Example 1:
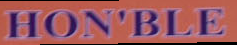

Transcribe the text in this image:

HON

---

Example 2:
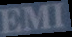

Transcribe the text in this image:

EMI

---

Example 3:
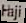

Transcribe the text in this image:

Haji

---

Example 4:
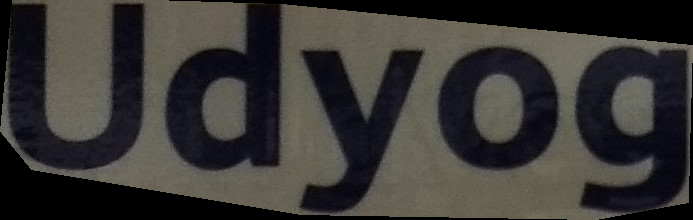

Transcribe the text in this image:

Udyog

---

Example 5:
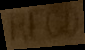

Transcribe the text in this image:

RECO